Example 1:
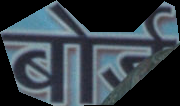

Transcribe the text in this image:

बो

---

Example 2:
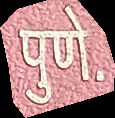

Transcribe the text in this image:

पुणे.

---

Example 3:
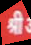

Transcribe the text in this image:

श्री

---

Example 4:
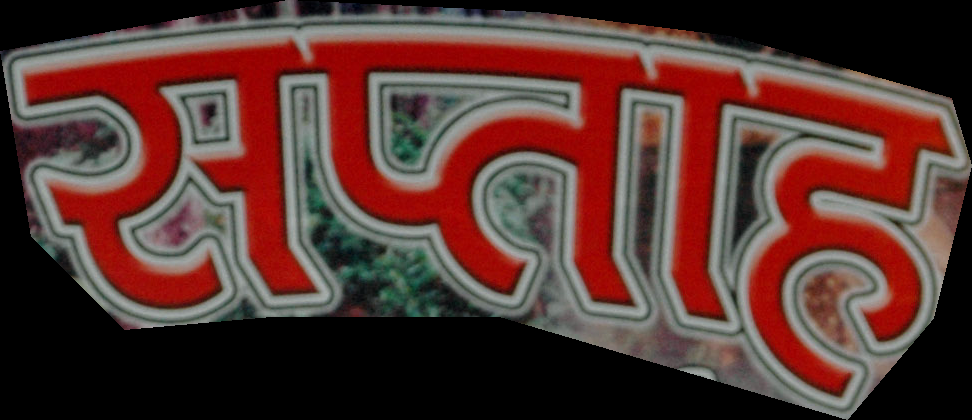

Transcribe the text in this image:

सप्ताह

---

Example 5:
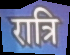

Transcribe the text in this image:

रात्रि